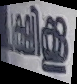
ക്ഷിക്കു